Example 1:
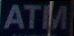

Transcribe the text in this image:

ATM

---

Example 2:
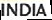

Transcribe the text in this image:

INDIA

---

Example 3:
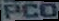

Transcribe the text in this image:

PCO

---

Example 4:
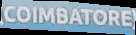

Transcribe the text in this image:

COIMBATORE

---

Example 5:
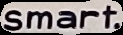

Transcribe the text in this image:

smart.